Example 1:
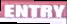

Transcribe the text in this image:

ENTRY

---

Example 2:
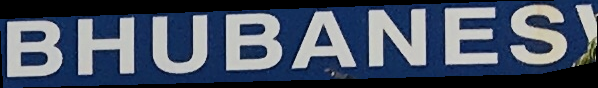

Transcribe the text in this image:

BHUBANES)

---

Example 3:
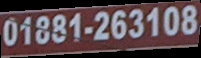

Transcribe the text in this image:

01881-263108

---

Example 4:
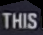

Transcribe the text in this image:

THIS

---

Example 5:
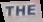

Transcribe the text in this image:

THE